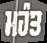
ਮਹੰਤ